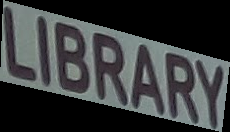
LIBRARY